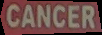
CANCER